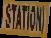
STATION)